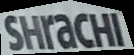
SHraCHI